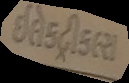
ઇલેકદ્રીકલ્સ